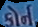
કોર્ન